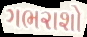
ગભ૨ાશો